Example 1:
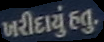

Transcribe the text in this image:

ખરીદાયું હતું.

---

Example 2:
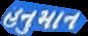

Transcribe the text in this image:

હનુમાન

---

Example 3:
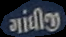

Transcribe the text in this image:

ગાંધીજી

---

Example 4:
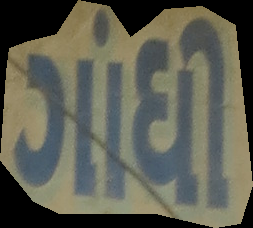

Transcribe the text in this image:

ગાંધી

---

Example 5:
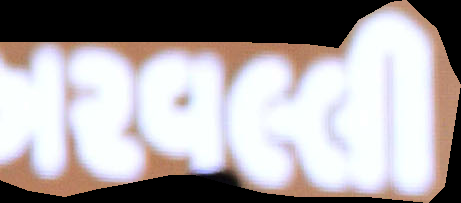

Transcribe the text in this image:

અરવલ્લી